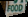
FOOD